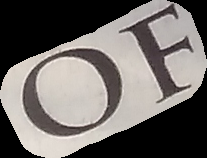
OF